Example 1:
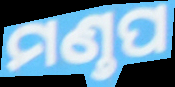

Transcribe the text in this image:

ମଣ୍ତପ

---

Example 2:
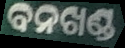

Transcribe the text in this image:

ବନଖଣ୍ଡ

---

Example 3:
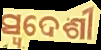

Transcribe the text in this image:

ପ୍ଵଦେଣୀ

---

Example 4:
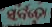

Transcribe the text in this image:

ସର୍ବତୋ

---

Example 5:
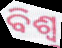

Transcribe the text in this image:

ବିଶ୍ବ